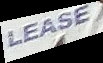
LEASE